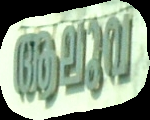
ആലുവ